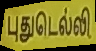
புதுடெல்லி